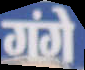
गंगे